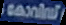
കോവിഡ്